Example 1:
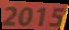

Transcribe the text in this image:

2015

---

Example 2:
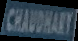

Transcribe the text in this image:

CHAUDHARY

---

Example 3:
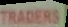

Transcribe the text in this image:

TRADERS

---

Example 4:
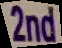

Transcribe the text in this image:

2nd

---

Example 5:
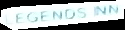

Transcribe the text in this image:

LEGENDSNN